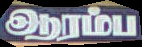
ஆரம்ப